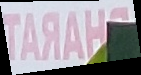
HARAT